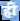
ही